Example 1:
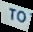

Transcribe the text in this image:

TO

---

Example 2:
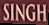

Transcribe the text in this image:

SINGH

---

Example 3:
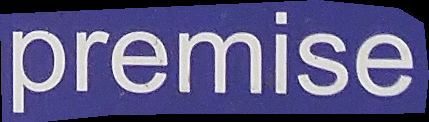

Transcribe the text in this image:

premise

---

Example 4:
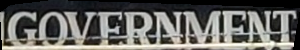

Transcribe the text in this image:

GOVERNMENT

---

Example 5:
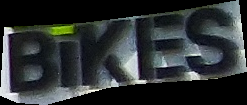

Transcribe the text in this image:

BIKES